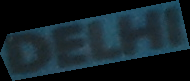
DELHI